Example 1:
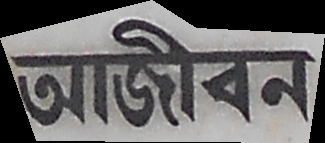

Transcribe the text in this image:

আজীবন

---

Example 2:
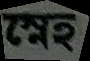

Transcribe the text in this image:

স্নেহ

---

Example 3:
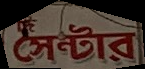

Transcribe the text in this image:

সেন্টার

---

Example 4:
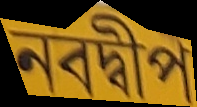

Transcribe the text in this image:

নবদ্বীপ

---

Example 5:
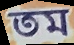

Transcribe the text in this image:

তম